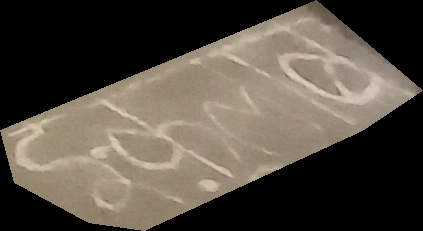
इन्कलाब